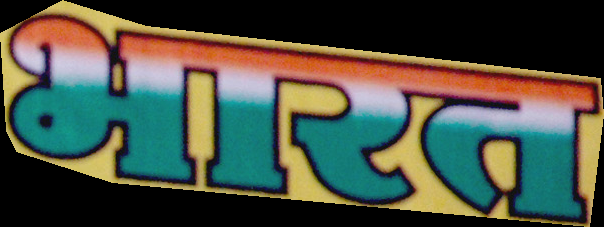
भारत